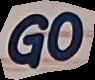
GO